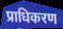
प्राधिकरण